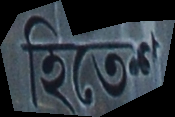
হিতেশ